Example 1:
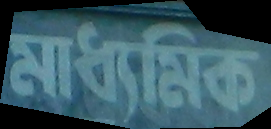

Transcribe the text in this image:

মাধ্যমিক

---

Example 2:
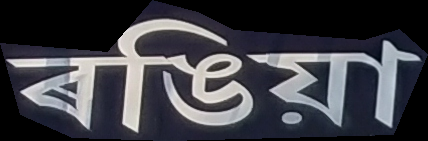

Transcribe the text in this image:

ৰঙিয়া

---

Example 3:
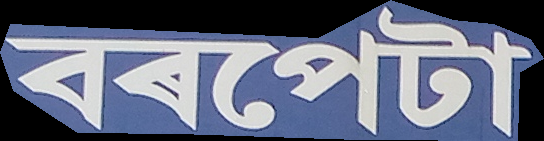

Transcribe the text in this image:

বৰপেটা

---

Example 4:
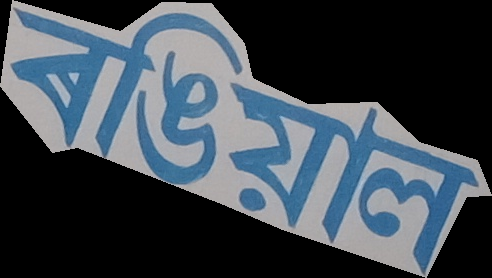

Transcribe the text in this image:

ৰঙিয়াল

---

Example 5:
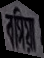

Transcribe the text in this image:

বসিয়া